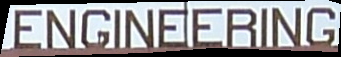
ENGINEERING